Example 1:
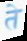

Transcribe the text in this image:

ते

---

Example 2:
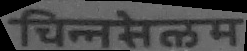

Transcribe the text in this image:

चिन्नसेलम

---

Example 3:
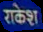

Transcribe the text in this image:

राकेश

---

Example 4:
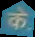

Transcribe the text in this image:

के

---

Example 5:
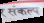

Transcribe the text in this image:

संकल्प